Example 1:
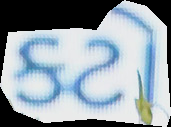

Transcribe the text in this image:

કટો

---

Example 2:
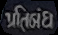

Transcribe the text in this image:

પ્રતિબંધ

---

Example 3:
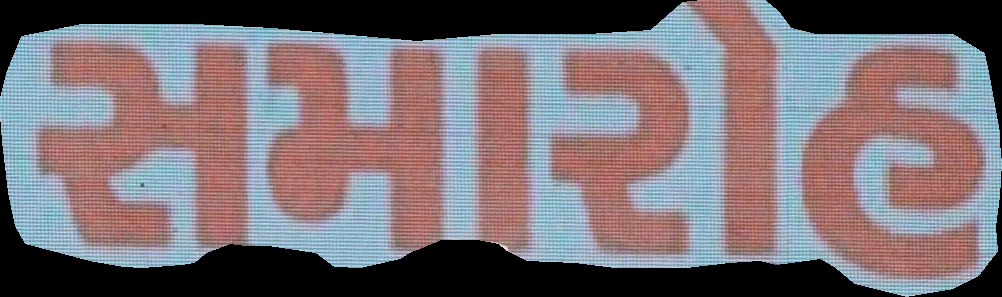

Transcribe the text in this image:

સમારોહ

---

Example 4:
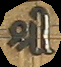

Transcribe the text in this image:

શ્રી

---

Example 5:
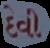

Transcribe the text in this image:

દેવી